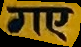
गए